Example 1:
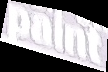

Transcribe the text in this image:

paint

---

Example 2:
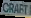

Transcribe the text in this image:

CRAFT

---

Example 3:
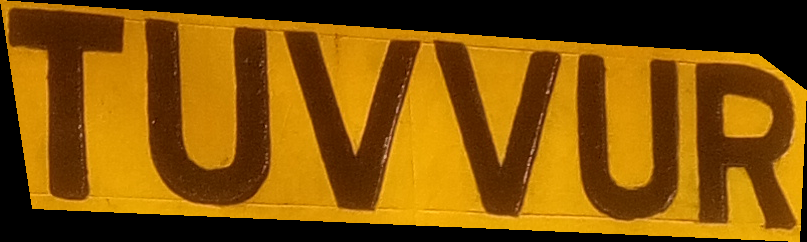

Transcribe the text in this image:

TUVVUR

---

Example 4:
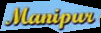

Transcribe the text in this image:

Manipur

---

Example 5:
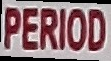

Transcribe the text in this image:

PERIOD